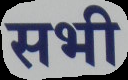
सभी